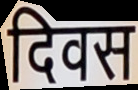
दिवस